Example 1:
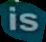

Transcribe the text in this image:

is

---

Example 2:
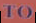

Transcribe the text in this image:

TO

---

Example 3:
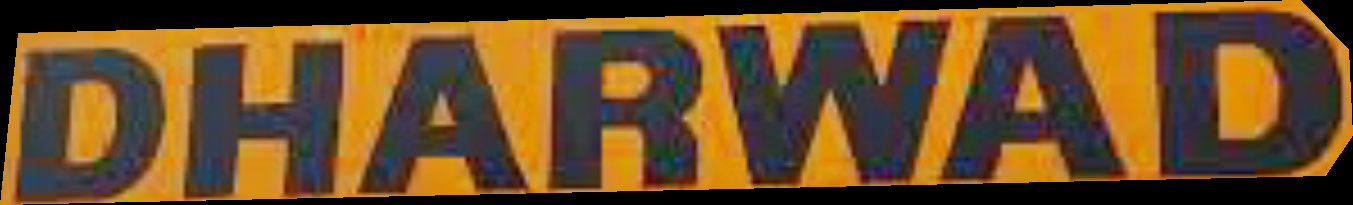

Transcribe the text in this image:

DHARWAD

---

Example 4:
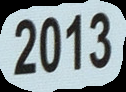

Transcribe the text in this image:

2013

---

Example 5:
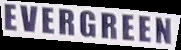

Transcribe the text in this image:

EVERGREEN